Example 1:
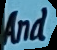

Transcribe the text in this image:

And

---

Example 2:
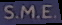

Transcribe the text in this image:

S.M.E.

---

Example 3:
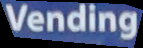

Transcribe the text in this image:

Vending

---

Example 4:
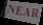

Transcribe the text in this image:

NEAR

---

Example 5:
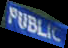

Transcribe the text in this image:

PUBLIC